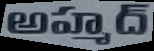
అహ్మద్